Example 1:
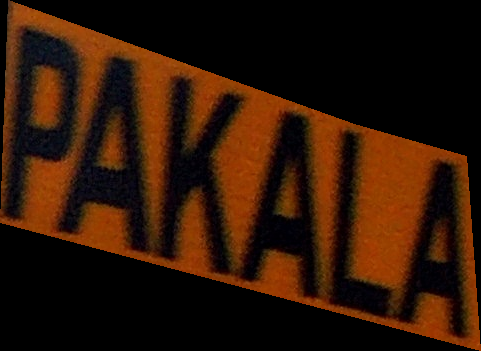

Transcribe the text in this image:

PAKALA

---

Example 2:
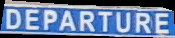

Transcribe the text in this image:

DEPARTURE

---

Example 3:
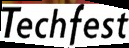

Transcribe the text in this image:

Techfest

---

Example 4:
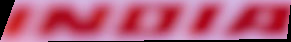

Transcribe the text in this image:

INDIA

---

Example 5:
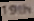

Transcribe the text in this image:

19th